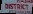
DISTRICT